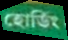
হোর্ডিং